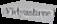
Vidyashree